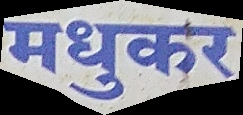
मधुकर